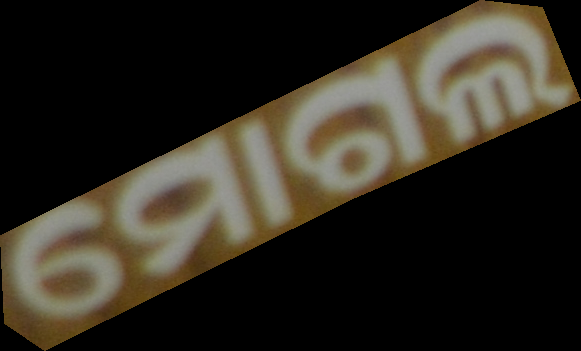
ମୋଗଲ